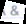
&